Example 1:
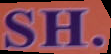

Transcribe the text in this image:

SH.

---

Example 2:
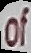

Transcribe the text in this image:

of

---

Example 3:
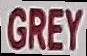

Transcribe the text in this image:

GREY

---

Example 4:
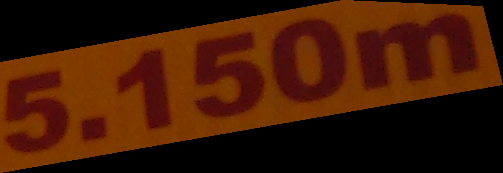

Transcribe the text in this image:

5.150m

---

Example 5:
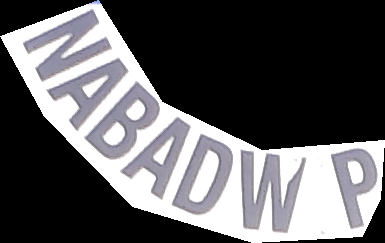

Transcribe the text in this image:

NABADWP